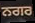
ਨਗਰ